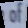
of